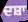
ਦਬਾ